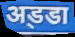
अड्डा